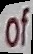
of